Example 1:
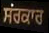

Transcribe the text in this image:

ਸਰਕਾਰ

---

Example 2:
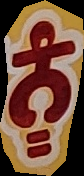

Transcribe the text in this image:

ਨੂੰ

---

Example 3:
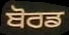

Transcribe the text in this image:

ਬੋਰਡ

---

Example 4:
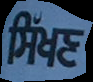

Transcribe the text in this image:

ਸਿੱਖਣ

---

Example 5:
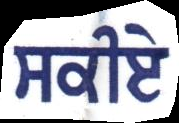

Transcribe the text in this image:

ਸਕੀਏ